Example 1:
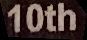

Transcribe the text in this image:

10th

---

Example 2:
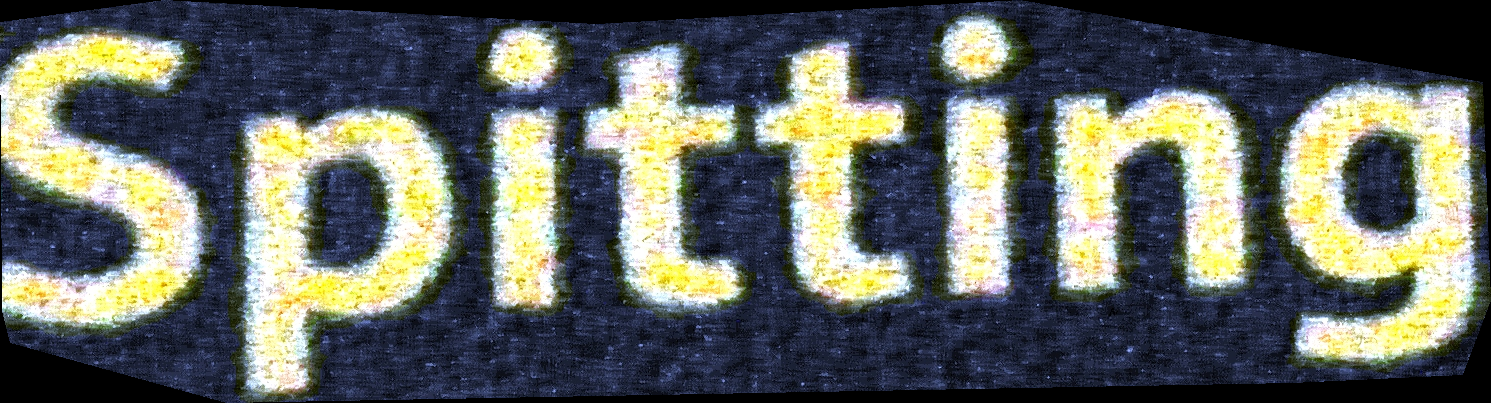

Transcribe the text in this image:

Spitting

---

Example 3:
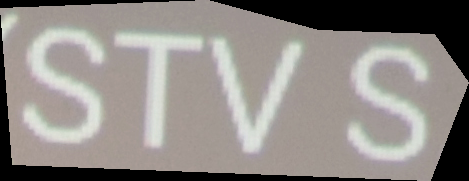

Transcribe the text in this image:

STVS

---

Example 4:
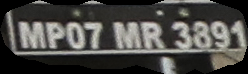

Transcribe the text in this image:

MP07MR3891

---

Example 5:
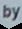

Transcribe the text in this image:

by